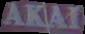
AKAI